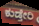
ಕುಡ್ತೇರಿ